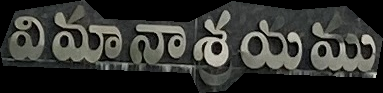
విమానాశయము